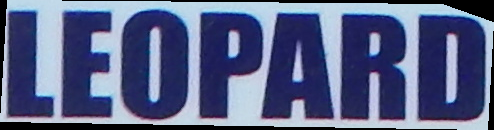
LEOPARD